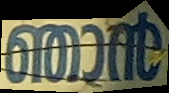
ഞാൻ